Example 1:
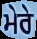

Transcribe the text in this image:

ਮੇਰੇ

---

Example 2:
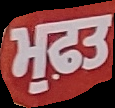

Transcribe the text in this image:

ਮੁਫ਼ਤ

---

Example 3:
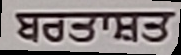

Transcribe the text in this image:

ਬਰਤਾਸ਼ਤ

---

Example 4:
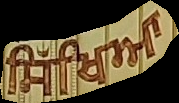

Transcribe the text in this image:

ਸਿੱਖਿਆ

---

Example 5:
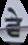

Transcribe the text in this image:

ਵੇ